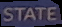
STATE